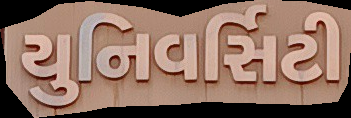
યુનિવર્સિટી